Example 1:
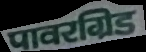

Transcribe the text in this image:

पावरग्रिड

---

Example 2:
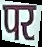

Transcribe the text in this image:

प‍र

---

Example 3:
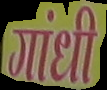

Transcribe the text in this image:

गांधी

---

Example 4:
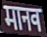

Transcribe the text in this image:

मानव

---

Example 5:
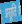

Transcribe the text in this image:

प्रसूति